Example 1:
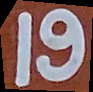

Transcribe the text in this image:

19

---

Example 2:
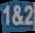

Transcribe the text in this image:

1&2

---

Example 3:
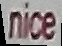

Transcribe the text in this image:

nice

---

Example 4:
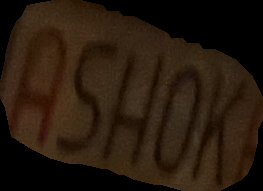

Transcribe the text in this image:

ASHOK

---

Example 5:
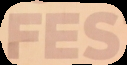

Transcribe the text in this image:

FES